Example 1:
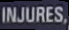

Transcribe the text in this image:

INJURES,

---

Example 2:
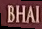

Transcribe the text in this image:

BHAI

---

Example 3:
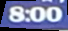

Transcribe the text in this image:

8:00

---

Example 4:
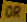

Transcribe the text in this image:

OR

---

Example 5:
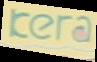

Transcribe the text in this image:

KERA